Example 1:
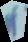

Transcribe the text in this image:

of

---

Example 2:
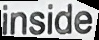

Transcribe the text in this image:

inside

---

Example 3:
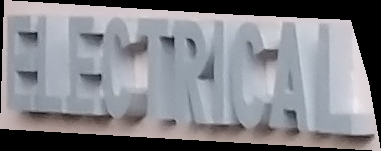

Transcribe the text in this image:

ELECTRICAL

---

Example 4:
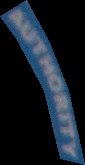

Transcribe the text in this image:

AUTHORITY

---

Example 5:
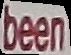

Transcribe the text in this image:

been